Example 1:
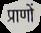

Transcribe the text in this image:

प्राणों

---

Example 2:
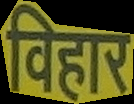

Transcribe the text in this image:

विहार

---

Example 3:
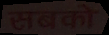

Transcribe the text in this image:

सबको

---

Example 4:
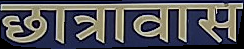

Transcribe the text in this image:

छात्रावास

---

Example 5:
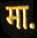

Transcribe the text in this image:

मा.